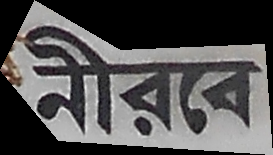
নীরবে